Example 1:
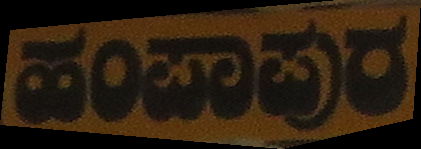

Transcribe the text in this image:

ಹಂಪಾಪುರ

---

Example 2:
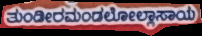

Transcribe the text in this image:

ತುಂಹೀರಮಂಡಲೋಲ್ಲಾಸಾಯ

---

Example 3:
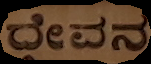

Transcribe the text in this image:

ದೇವನ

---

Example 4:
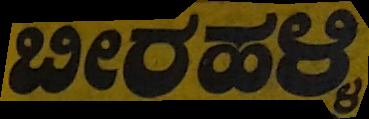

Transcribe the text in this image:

ಬೀರಹಳ್ಳಿ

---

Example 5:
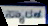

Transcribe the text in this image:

ಸ್ಕಾರಳ